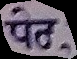
पेठ